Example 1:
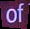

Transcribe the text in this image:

of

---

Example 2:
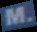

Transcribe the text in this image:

M.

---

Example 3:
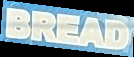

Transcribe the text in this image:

BREAD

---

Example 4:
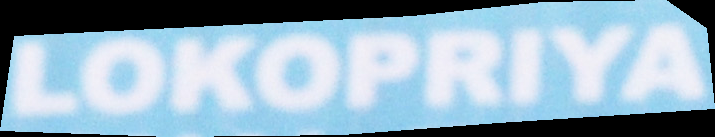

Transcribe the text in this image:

LOKOPRIYA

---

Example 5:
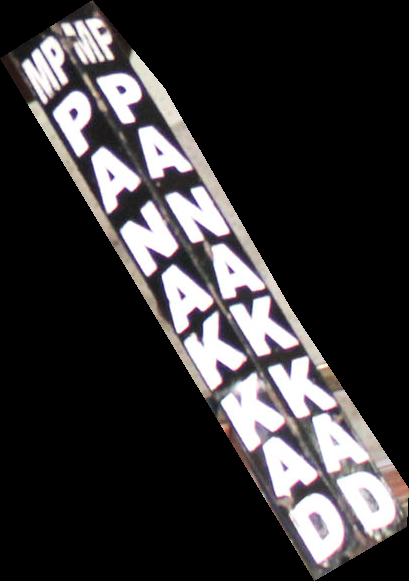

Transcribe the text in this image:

MP PANAKKAD MP PANAKKAD